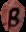
B